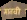
मानवी